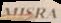
MISRA